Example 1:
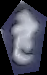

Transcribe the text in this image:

है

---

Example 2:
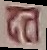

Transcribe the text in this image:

दत्त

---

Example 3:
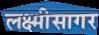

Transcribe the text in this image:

लक्ष्मीसागर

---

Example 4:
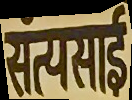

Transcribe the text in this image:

सत्यसाई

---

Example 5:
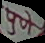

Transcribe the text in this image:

पुण